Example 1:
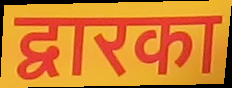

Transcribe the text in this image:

द्वारका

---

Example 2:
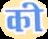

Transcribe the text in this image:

की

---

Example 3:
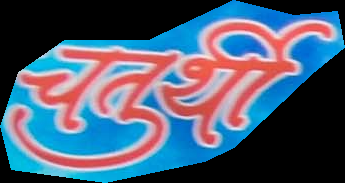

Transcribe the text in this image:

चतुर्थी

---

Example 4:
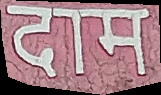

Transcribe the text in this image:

दाम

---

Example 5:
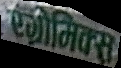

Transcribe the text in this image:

एंग्रोमिक्स